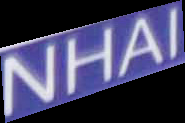
NHAI